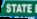
STATE